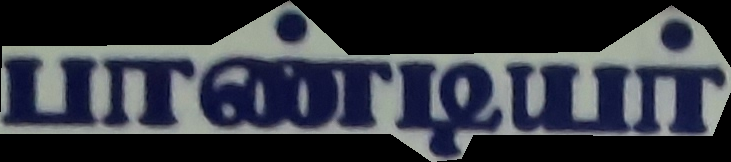
பாண்டியா்